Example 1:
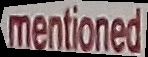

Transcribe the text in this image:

mentioned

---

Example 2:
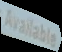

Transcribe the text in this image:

Available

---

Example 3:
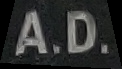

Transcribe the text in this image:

A.D.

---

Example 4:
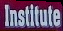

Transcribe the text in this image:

Institute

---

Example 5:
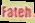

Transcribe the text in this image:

Fateh